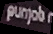
punjab